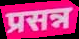
प्रसन्न